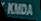
KMDA